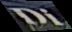
Di